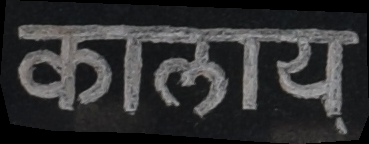
कालाय्